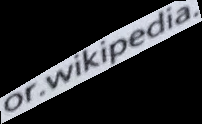
or.wikipedia.